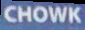
CHOWK